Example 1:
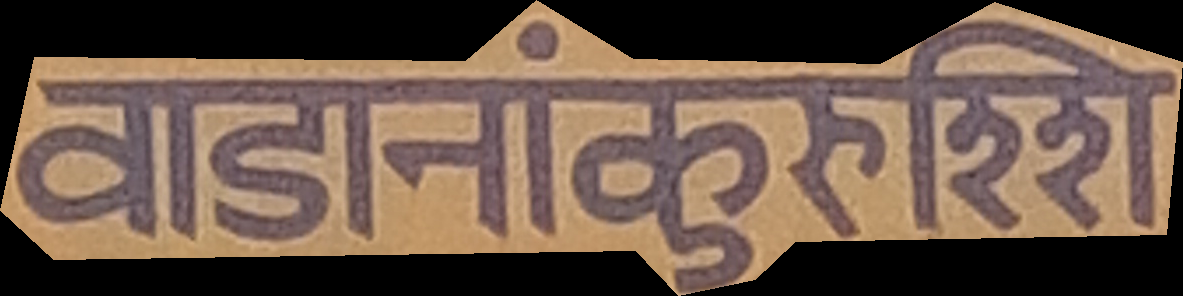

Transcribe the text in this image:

वाडानांकुरुश्शि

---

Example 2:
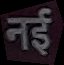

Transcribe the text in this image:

नई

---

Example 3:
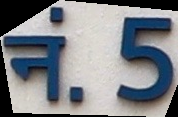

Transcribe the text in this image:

नं. 5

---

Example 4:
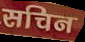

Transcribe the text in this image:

सचिन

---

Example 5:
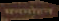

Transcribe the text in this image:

मनमोहन